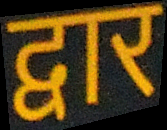
द्वार